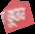
ভুবন